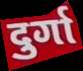
दुर्गा